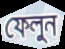
ফেলুন